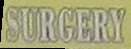
SURGERY